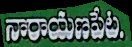
నారాయణపేట.